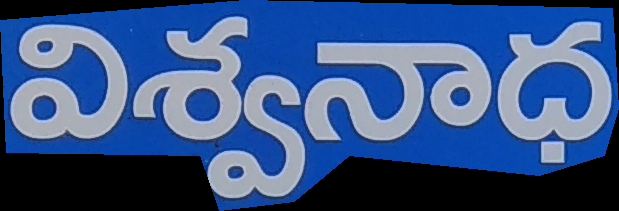
విశ్వనాధ